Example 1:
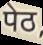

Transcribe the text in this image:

पेठ,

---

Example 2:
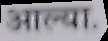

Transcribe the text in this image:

आल्या.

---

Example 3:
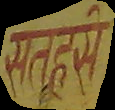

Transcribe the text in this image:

सतहसे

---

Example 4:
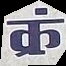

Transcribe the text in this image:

क्रं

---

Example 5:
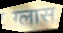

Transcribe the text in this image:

ग्लास